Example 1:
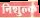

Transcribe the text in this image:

निशुल्क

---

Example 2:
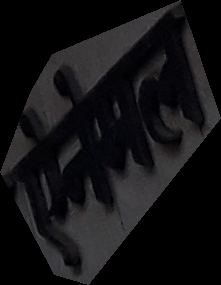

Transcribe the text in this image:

ऐनेमल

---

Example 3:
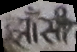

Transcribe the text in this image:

झाँसी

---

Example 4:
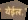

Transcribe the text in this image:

येईल,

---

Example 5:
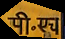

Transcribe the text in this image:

पी.एच